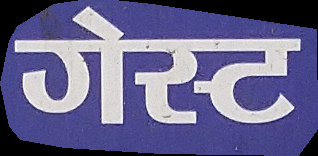
गेस्ट